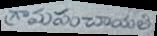
గ్రామపంచాయతి